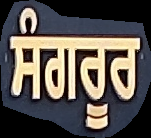
ਸੰਗਰੂਰ